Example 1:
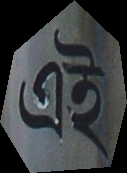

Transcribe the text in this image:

এই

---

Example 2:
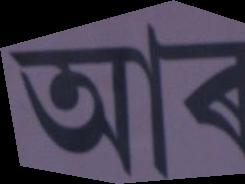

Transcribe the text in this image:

আৰ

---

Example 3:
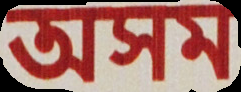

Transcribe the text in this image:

অসম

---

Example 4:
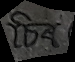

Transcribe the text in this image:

চিৰ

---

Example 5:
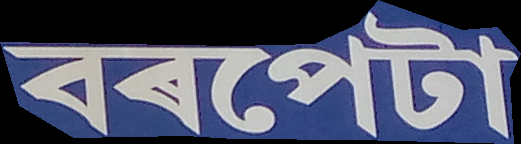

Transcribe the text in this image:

বৰপেটা